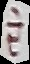
ਦੇ